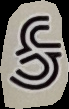
ક